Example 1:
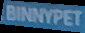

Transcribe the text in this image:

BINNYPET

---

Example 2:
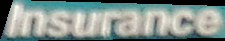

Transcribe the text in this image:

Insurance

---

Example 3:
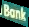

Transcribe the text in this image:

Bank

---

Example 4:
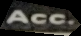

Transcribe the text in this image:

Acc.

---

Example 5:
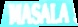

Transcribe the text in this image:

MASALA